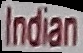
Indian